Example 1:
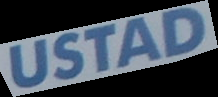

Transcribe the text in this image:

USTAD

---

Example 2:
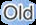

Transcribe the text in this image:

Old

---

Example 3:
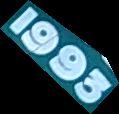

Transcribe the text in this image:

1995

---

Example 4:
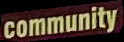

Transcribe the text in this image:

community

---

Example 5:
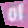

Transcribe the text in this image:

of